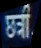
छत्री